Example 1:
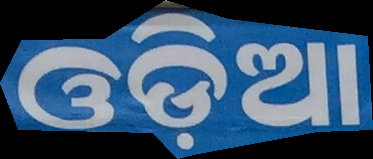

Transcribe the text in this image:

ଓଡ଼ିଆ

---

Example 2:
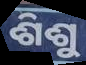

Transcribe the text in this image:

ଶିଶୁ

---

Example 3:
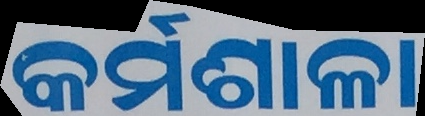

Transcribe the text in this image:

କର୍ମଶାଳା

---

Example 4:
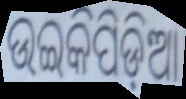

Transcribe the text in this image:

ଉଇକିପିଡ଼ିଆ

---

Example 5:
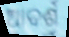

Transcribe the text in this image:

ଆଦର୍ଶ